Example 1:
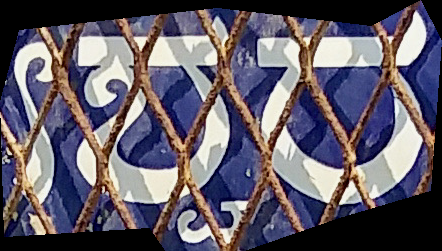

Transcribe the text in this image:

ಶ್ವರ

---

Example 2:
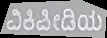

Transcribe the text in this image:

ವಿಕಿಪೀಡಿಯ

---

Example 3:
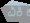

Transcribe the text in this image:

ಏಕಿ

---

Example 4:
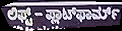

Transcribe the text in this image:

ಲಿಫ್ಟ್ - ಪ್ಲಾಟ್‌ಫಾರ್ಮ್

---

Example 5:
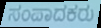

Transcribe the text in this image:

ಸಂಪಾದಕರು